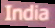
India